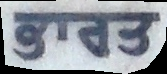
ਭਾਰਤ